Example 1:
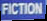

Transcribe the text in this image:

FICTION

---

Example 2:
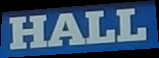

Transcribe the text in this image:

HALL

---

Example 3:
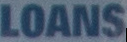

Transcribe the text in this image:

LOANS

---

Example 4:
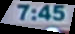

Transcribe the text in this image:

7:45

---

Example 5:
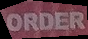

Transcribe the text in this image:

ORDER